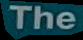
The